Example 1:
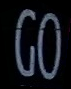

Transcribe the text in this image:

GO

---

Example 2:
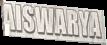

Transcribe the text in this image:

AISWARYA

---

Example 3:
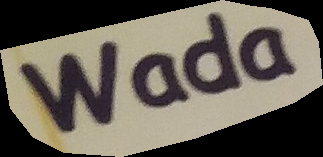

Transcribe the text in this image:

Wada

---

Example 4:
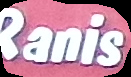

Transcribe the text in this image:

Ranis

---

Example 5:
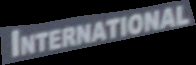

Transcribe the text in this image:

INTERNATIONAL